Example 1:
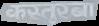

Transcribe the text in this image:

कस्तुरबा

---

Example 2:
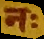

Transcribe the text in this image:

नः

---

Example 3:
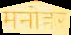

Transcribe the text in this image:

मनोहर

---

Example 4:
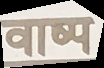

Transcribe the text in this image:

वाष्प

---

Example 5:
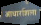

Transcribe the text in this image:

आधारशिला